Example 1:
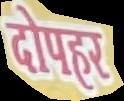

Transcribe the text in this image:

दोपहर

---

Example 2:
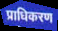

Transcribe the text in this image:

प्राधिकरण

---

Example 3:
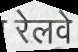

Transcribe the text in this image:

रेलवे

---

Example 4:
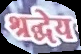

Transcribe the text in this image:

श्रद्धेय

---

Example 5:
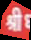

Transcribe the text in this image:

श्री